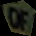
OF